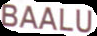
BAALU